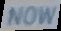
NOW